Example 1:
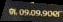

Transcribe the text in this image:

ତା.୦୨.୦୨.୨୦୧୮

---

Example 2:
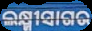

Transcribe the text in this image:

ଲକ୍ଷ୍ମୀସାଗର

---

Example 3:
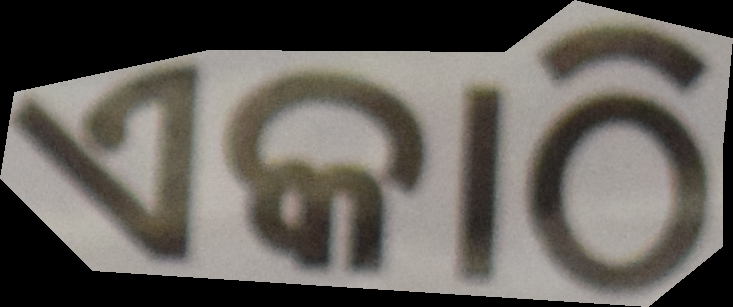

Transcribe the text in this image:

ଏକାଠି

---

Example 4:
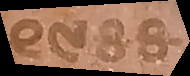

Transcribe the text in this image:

୧୯୫୫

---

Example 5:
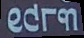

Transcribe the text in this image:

୧୯୮୩